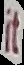
it